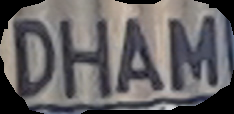
DHAM